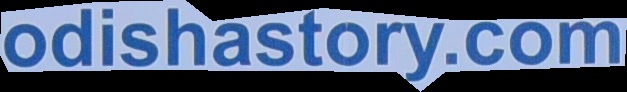
odishastory.com